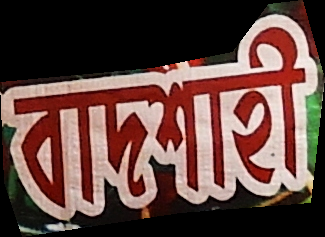
বাদশাহী